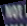
NOT